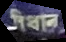
বিধান